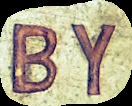
BY